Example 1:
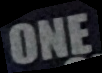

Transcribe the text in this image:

ONE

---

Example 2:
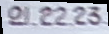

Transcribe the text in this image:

21.22.23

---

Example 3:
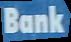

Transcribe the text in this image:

Bank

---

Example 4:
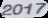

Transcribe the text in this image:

2017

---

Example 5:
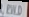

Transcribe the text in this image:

PWD